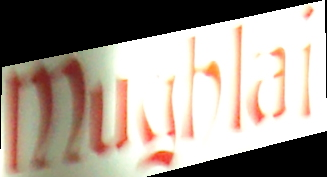
Mughlai